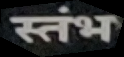
स्तंभ